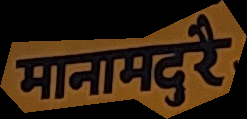
मानामदुरै